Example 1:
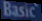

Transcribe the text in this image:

Basic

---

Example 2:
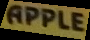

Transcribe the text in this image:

APPLE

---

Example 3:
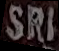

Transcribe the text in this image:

SRI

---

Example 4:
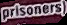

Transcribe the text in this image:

prisoners)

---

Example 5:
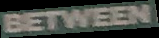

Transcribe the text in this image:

BETWEEN